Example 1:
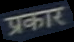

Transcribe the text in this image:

प्रकार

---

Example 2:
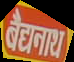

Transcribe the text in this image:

बैद्यनाथ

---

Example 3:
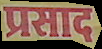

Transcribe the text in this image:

प्रसाद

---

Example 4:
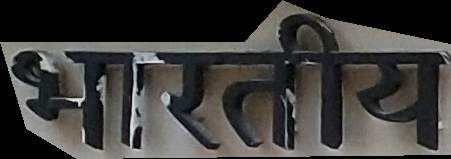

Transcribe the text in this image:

भारतीय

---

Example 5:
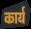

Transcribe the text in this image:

कार्य